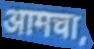
आमचा,